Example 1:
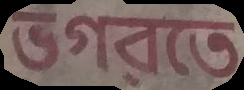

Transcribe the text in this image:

ভগৱতে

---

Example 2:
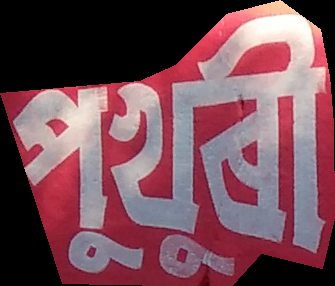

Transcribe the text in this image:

পুথুৰী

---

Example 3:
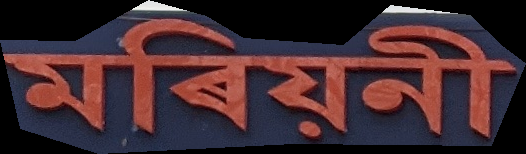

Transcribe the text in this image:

মৰিয়নী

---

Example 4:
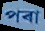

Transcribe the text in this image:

পৰা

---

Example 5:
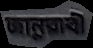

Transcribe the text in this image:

জানুৱাখী